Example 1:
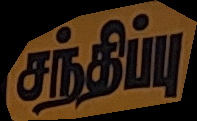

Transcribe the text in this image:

சந்திப்பு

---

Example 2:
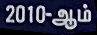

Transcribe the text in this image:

2010-ஆம்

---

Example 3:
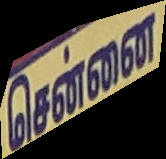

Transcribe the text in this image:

சென்னை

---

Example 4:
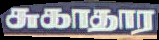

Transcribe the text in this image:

ககாதார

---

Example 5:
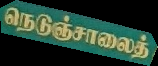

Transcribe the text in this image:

நெடுஞ்சாவலத்